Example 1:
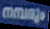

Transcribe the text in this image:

നമ്പരും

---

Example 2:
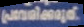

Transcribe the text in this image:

പ്രവേശിക്കരുത്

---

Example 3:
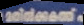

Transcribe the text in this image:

മതിൽക്കകത്ത്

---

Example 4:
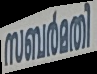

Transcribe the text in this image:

സബർമതി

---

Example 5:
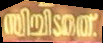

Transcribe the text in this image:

സിസച്ചടരുത്.